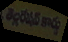
తెల్లరేషన్ కార్డు